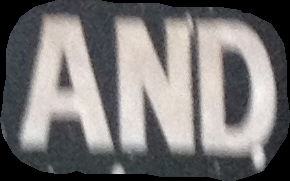
AND